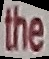
the